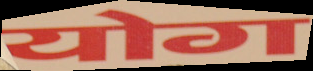
योग